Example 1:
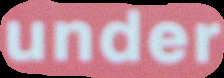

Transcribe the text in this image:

under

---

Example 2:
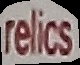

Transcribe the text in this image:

relics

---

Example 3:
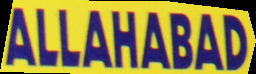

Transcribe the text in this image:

ALLAHABAD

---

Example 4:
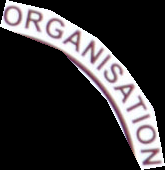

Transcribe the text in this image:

ORGANISATION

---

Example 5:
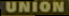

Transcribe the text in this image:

UNION